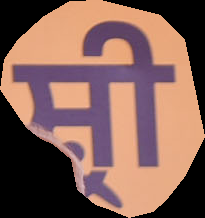
ਸ਼੍ਰੀ